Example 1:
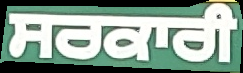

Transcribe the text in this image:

ਸਰਕਾਰੀ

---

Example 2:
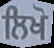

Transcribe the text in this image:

ਇਖੋ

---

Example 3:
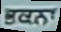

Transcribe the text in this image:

ਭਕਨਾ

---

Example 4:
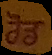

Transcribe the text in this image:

ਰੋਡ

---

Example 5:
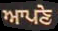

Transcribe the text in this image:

ਆਪਣੇ